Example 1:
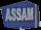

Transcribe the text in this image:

ASSAM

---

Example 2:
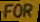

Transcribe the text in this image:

FOR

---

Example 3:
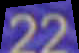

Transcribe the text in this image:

22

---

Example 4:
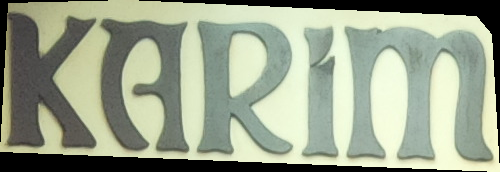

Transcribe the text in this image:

KARIM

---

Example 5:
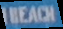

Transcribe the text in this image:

BEACH